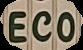
ECO